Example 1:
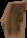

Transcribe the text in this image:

OF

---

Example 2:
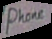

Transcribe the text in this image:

Phone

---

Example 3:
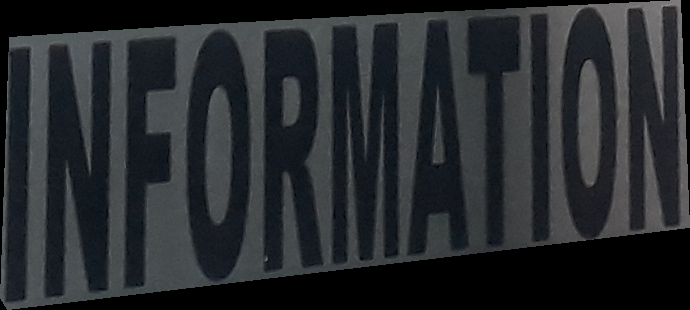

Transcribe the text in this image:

INFORMATION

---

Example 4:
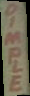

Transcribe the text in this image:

DIMPLE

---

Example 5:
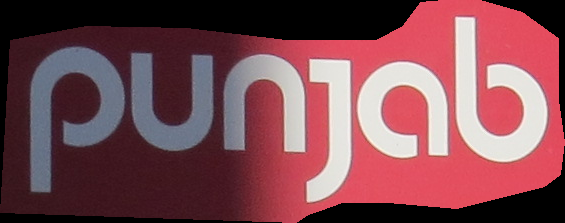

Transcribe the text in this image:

punjab